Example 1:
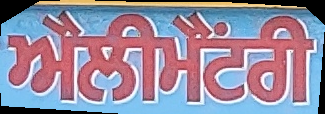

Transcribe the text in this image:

ਐਲੀਮੈਂਟਰੀ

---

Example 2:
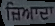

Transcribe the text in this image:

ਜ਼ਿਆਦਾ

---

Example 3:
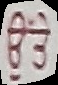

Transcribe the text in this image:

ਉੱਤੇ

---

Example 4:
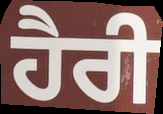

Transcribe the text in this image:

ਹੈਰੀ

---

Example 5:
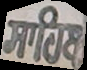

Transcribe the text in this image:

ਸਾਹਿਬ